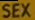
SEX